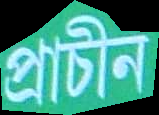
প্রাচীন